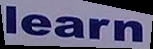
learn